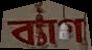
ব্যাগ